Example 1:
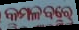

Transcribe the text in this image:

କମଳବରେ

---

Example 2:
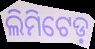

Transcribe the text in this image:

ଲିମିଟେଡ଼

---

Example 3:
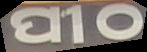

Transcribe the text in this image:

ପୀଠ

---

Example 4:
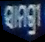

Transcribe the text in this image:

ସାମଗ୍ରୀ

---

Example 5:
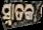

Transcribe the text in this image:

ସ୍ନାତକ